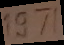
1971